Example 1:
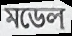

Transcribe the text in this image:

মডেল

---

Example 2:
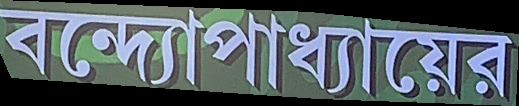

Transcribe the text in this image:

বন্দ্যোপাধ্যায়ের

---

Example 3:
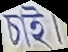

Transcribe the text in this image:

চাই৷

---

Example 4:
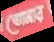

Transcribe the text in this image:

তোমার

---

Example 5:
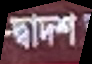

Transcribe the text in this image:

দ্বাদশ